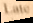
Late